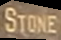
STONE